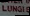
LUNGI